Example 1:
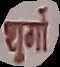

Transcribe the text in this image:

थुर्गो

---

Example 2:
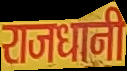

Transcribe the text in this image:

राजधानी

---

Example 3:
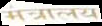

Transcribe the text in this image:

मंत्रालय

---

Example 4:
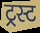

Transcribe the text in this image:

ट्रस्ट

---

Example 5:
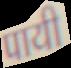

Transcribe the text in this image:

पायी